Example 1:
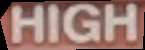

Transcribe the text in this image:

HIGH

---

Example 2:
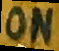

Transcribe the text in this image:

ON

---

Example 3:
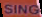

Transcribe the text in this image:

SING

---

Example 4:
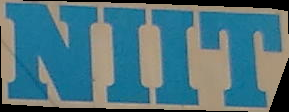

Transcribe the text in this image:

NIIT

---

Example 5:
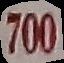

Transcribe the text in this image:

700